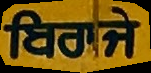
ਬਿਰਾਜੇ